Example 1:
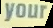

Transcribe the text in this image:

your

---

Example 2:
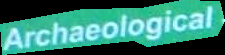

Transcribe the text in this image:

Archaeological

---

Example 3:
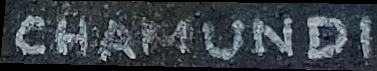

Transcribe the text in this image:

CHAMUNDI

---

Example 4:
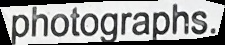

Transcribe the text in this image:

photographs.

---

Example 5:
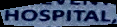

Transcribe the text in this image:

HOSPITAL,